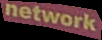
network